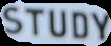
STUDY